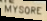
MYSORE